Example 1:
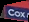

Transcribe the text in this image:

COX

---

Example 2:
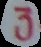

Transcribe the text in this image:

3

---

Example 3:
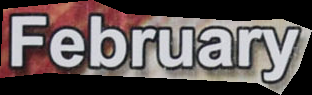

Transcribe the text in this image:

February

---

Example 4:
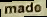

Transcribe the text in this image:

made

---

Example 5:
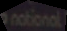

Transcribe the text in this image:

national